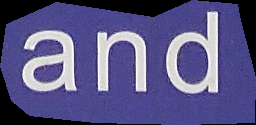
and